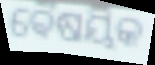
ବୈଷୟିକ